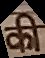
क‍ी